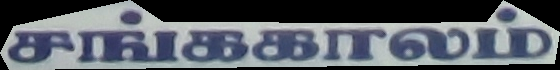
சங்ககாலம்